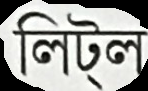
লিট্ল